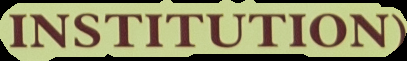
INSTITUTION